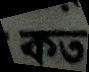
কত